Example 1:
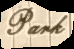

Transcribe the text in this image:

Park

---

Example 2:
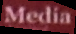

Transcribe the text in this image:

Media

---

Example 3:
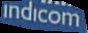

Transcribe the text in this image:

indicom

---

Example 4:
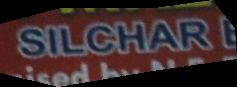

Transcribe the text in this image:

SILCHAR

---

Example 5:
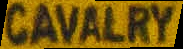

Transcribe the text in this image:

CAVALRY